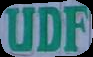
UDF